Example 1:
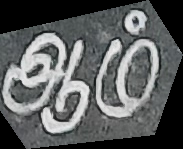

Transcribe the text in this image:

ஆம்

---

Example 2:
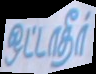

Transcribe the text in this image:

ஒட்டாதீர்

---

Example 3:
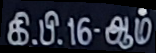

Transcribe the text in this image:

கி.பி.16-ஆம்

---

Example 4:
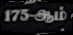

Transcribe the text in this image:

175-ஆம்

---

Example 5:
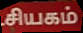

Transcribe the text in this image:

சியகம்